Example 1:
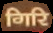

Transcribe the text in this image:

गिरि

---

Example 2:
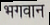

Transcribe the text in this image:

भगवान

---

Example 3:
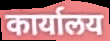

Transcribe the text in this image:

कार्यालय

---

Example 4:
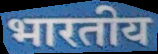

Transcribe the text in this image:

भारतीय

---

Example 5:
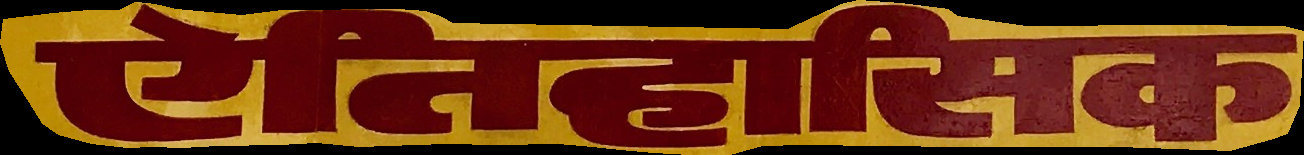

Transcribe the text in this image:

ऐतिहासिक